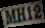
MH12